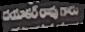
దయాకర్ రావు గారు